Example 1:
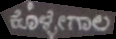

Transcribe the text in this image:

ಕೊಳ್ಳೇಗಾಲ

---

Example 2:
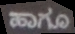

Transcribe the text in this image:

ಹಾಗೂ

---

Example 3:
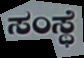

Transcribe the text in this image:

ಸಂಸ್ಥೆ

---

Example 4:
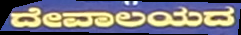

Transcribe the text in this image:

ದೇವಾಲಯದ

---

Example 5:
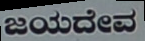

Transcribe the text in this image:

ಜಯದೇವ